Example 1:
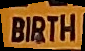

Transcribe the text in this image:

BIRTH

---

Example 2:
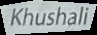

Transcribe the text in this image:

Khushali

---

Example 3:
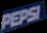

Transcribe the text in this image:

PEPSI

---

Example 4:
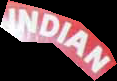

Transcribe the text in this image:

INDIAN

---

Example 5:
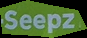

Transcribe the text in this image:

Seepz